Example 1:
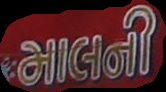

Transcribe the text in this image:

માલની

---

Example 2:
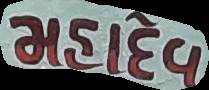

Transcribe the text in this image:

મહાદેવ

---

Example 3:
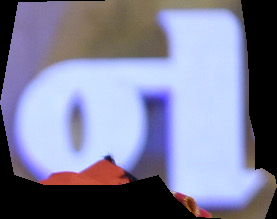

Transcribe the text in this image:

ન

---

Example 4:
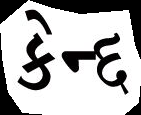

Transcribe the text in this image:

કેન્દ્દ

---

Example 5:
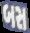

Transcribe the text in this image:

બસ